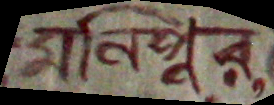
মনিপুর